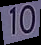
10